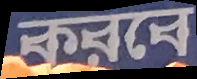
করবে